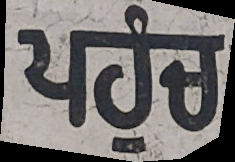
ਪਹੁੰਚ